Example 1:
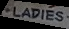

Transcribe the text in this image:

LADIES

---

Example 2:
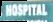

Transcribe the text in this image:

HOSPITAL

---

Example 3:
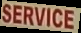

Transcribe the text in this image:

SERVICE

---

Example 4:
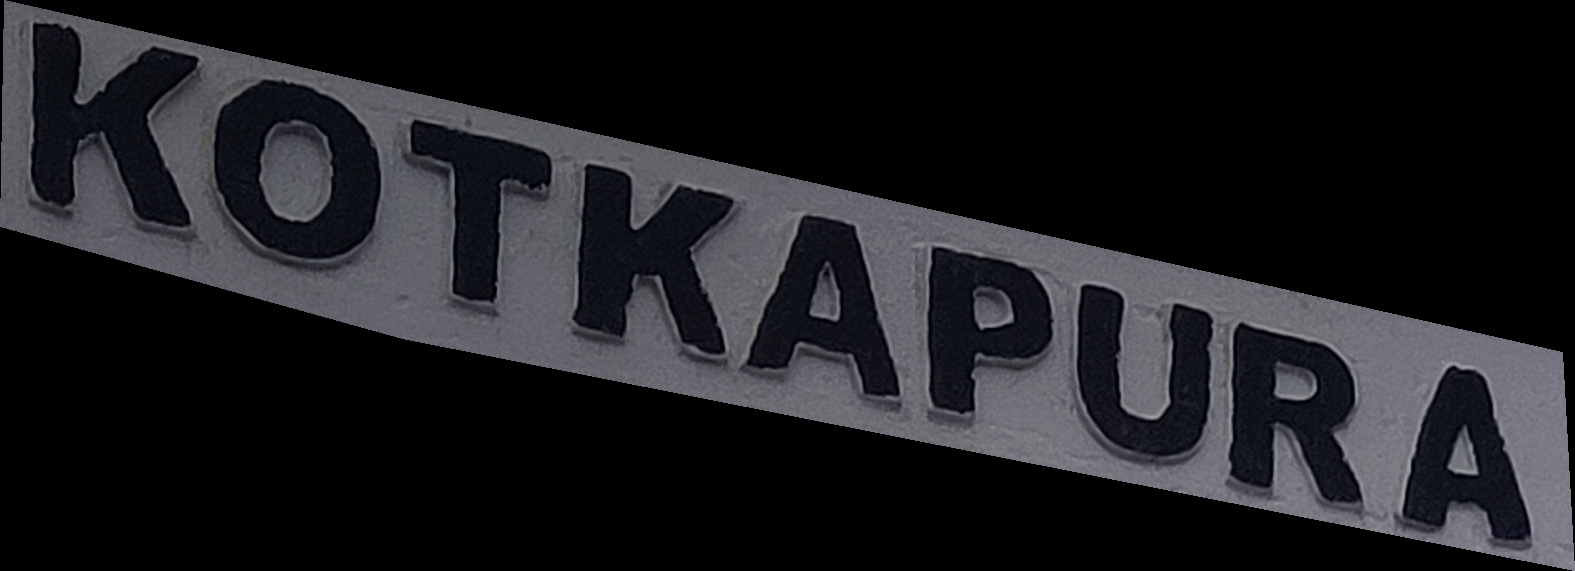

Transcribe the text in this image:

KOTKAPURA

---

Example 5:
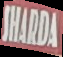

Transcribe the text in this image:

SHARDA